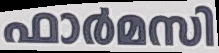
ഫാർമസി